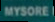
MYSORE